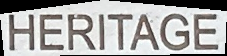
HERITAGE